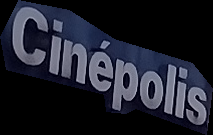
Cinepolis